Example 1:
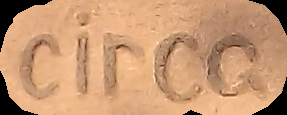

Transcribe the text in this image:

circa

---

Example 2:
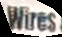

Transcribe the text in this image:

Wires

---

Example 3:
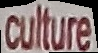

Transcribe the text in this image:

culture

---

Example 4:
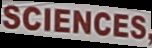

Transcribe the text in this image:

SCIENCES,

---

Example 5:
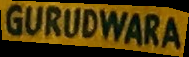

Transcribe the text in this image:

GURUDWARA